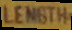
LENGTH